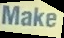
Make